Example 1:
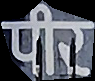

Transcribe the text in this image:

पीर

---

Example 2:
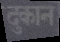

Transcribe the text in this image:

दुकान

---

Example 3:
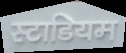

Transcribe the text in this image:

स्टाडियम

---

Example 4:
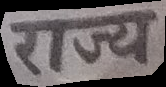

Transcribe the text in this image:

राज्य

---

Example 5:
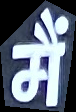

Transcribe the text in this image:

मैं